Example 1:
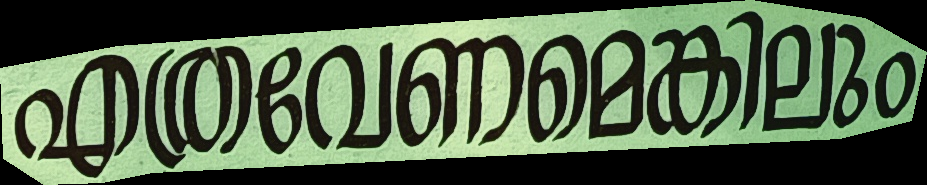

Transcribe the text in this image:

എത്രവേണമെങ്കിലും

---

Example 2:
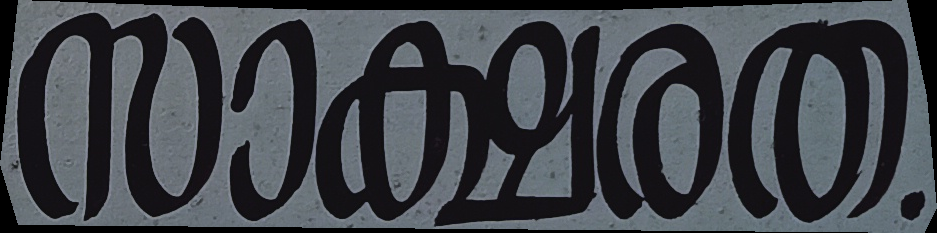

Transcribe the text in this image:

സാക്ഷരത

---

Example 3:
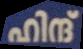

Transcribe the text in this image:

ഹിന്ദ്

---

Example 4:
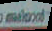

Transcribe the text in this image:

അരിയാൻ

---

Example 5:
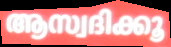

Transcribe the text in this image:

ആസ്വദിക്കൂ